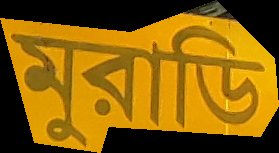
মরাডি